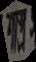
শাস্ৰ